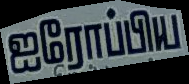
ஐரோப்பிய